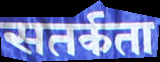
सतर्कता